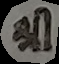
શ્રી